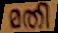
മതി